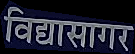
विद्यासागर